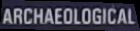
ARCHAEOLOGICAL